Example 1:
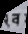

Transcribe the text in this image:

९व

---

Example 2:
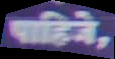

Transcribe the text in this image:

पाहिजे,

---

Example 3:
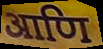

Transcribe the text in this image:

आणि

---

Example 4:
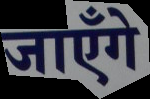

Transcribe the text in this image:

जाएँगे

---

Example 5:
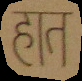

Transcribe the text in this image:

हात